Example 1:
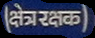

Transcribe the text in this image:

(क्षेत्ररक्षक)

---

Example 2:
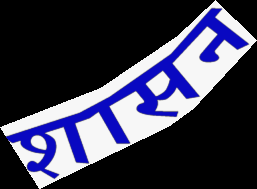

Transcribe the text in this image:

शासन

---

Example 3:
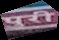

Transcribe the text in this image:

पुरी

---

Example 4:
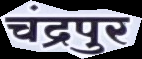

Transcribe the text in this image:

चंद्रपुर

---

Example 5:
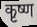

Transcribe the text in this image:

कृष्ण